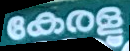
കേരള